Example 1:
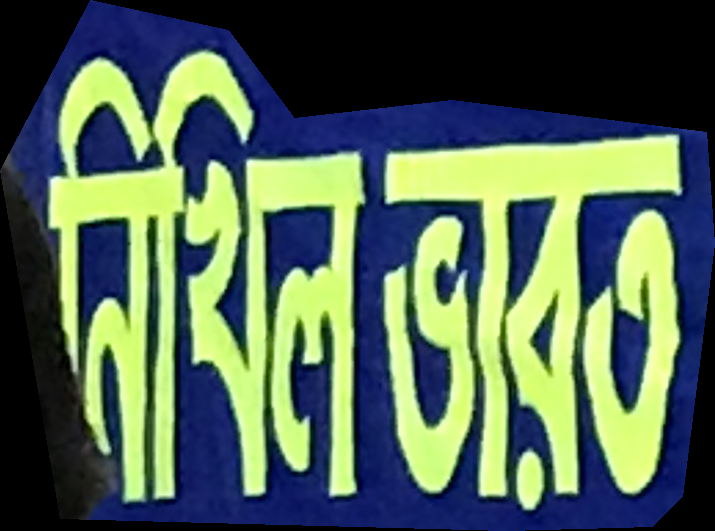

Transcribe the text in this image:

নিখিল ভারত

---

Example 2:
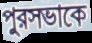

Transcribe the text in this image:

পুরসভাকে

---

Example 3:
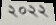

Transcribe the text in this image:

২০২২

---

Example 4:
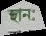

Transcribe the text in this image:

ছান:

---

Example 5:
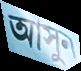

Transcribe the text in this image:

আসুন